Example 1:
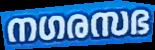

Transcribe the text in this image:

നഗരസഭ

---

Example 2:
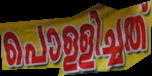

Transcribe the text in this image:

പൊള്ളിച്ചത്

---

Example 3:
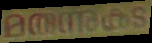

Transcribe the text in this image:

മന്ദനുകട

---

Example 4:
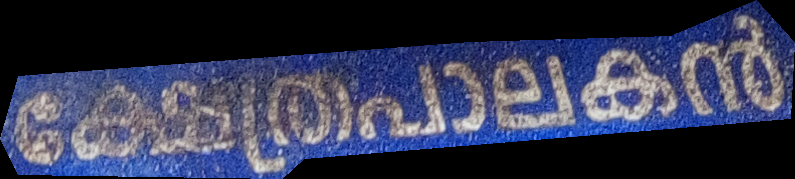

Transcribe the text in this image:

ക്ഷേത്രപാലകൻ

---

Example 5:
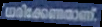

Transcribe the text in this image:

ധരിക്കേണ്ടതാണ്